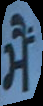
ਮੈਂ